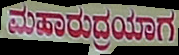
ಮಹಾರುದ್ರಯಾಗ